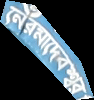
নেরমাদেবশ্বর